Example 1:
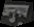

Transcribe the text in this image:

अनुभव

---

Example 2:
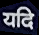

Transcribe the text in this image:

यदि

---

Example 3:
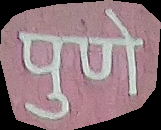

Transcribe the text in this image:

पुणे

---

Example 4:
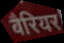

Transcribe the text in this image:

बैरियर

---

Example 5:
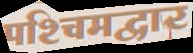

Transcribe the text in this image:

पश्चिमद्वार